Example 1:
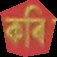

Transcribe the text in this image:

কৰি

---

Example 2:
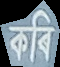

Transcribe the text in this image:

কৰি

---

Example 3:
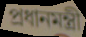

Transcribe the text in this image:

প্ৰধানমন্ত্ৰী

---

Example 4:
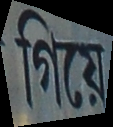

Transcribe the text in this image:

গিয়ে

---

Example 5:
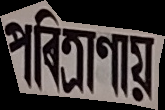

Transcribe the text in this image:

পৰিত্ৰাণায়